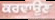
ਕਰਵਾਉਣ